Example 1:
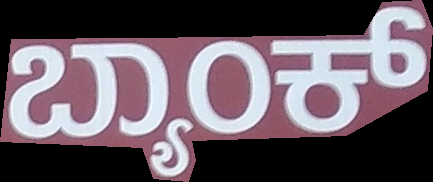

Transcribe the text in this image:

ಬ್ಯಾಂಕ್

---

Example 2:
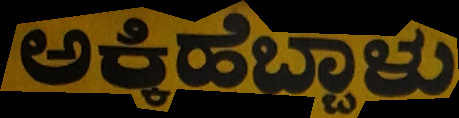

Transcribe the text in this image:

ಅಕ್ಕಿಹೆಬ್ಬಾಳು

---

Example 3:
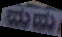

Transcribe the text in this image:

ಮಥು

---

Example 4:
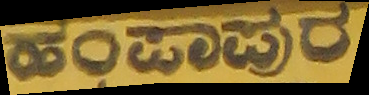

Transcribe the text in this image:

ಹಂಪಾಪುರ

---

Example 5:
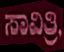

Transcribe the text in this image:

ಸಾವಿತ್ರ